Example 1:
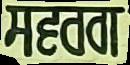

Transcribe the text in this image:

ਸਵਰਗ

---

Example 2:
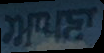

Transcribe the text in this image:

ਆਪਣਾ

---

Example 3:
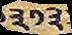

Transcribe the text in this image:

੩੭੩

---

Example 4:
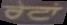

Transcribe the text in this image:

ਰੇਟਾਂ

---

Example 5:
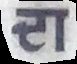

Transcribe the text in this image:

ਦਾ